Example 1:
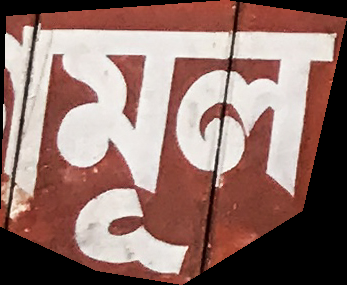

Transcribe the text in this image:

মূল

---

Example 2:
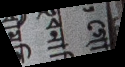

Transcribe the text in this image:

, গোজ ভুবনানি ধীমহি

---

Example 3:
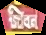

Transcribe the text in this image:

জীবন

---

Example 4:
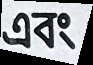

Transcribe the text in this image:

এবং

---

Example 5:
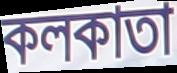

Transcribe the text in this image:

কলকাতা